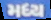
મધ્ય